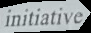
initiative